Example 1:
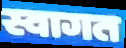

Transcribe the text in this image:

स्वागत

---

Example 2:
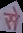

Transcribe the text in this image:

से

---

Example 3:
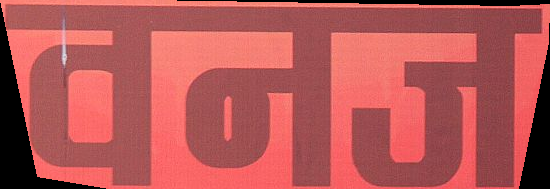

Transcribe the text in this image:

वनज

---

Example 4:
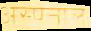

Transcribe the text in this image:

अस्पताल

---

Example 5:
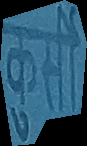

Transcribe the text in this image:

कुर्सी